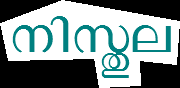
നിസ്തുല